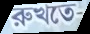
রুখতে-